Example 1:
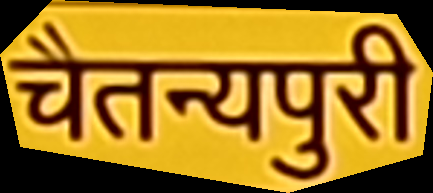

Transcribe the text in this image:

चैतन्यपुरी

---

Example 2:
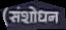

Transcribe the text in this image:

(संशोधन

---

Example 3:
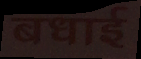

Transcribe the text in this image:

बधाई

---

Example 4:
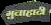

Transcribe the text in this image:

गुवाहाटी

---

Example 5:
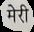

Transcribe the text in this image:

मेरी